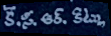
కే.సీ.ఆర్. కిట్లు